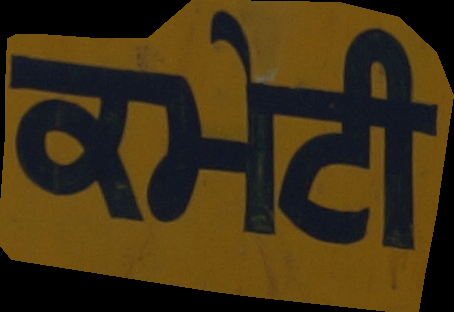
ਕਮੇਟੀ